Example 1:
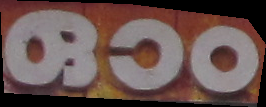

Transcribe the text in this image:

ഓം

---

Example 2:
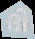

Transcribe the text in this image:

ദി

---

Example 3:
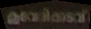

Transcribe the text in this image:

കൂവേദിക്കടവ്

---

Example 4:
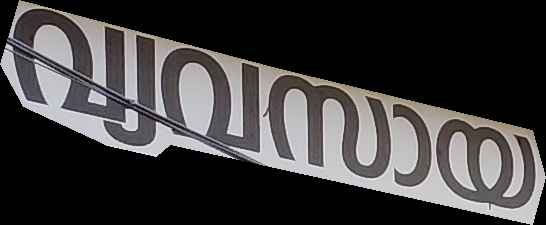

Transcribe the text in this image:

വ്യവസായ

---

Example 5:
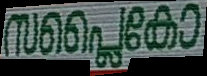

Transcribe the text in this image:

സപ്ലൈകോ